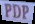
PDP